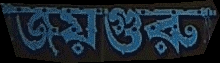
জয়গুরু